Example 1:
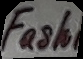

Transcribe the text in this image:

Fashi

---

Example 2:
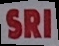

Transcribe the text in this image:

SRI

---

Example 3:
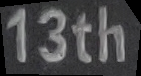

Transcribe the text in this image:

13th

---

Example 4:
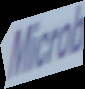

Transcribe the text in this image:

Microb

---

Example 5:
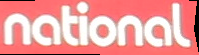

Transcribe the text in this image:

national